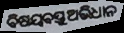
ବିଷୟବସ୍ତୁ ଅଭିଧାନ